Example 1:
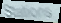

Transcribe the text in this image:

Stations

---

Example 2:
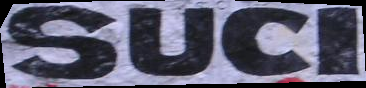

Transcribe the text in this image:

SUCI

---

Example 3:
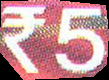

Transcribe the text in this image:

₹ 5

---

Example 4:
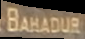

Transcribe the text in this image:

BAHADUR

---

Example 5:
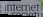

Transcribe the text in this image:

internet